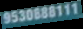
9530888111